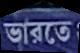
ভারতে